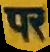
पर